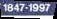
1847-1997